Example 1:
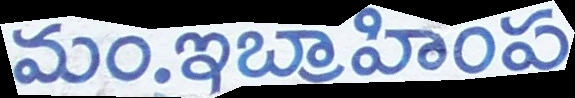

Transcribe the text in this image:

మం.ఇబ్రాహింప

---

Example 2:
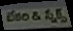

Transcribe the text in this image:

దేవం & స్నేక్స్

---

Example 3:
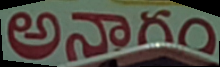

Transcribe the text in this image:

అనారం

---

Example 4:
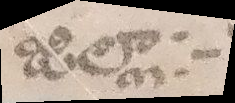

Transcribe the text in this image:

జల్లా :-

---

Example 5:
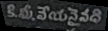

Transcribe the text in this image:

ఒక్కవేయనైనది